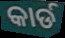
କାର୍ଡ